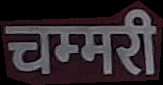
चम्मरी